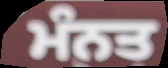
ਮੰਨਤ